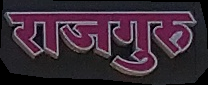
राजगुरु